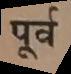
पूर्व